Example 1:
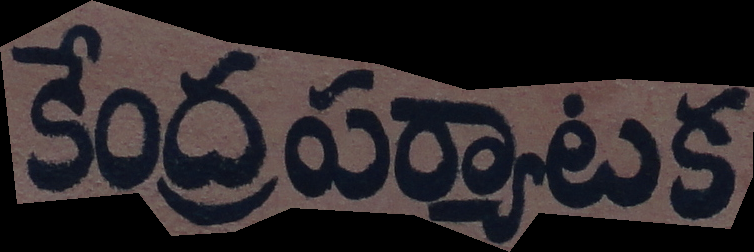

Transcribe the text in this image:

కేంద్రపర్యాటక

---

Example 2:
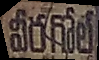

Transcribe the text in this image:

వీరగోల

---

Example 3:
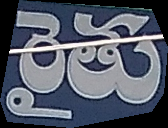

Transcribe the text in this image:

సైత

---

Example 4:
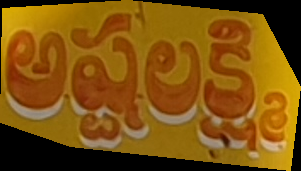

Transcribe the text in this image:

అష్టలక్ష్మి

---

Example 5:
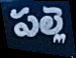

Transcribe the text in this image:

పల్లె